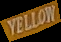
YELLOW